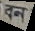
বন